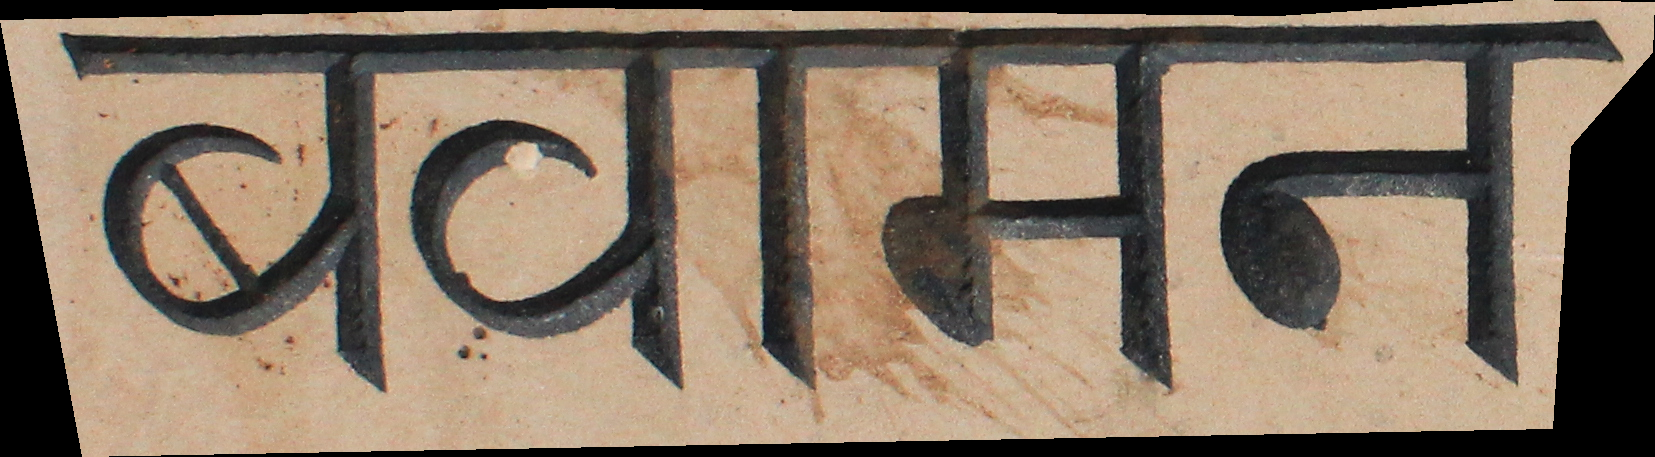
बवामन